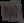
NO